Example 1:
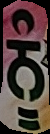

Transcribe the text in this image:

ਨੂੰ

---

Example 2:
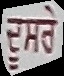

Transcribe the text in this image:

ਦੂਸਰੇ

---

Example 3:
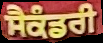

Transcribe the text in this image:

ਸੈਕੰਡਰੀ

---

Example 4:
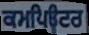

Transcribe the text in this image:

ਕਮਪਿਊਟਰ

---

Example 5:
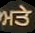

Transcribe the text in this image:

ਅਤੇ